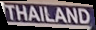
THAILAND